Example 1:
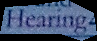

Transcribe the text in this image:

Hearing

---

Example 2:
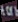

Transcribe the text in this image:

of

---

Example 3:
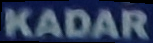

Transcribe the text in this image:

KADAR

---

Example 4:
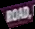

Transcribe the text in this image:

ROAD,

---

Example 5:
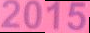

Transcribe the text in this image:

2015